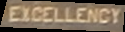
EXCELLENCY